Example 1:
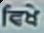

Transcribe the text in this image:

ਵਿਖੇ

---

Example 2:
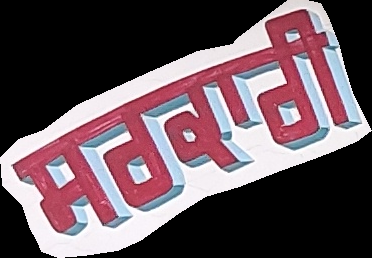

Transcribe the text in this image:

ਸਰਕਾਰੀ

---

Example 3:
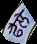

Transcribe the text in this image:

ਫੈਲੇ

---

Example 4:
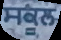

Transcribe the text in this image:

ਸਕੂਨ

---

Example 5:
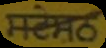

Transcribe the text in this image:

ਸਟੇਸ਼ਨ